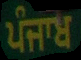
ਪੰਜਾਬ